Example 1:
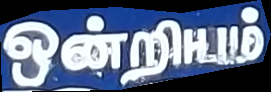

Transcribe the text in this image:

ஒன்றியம்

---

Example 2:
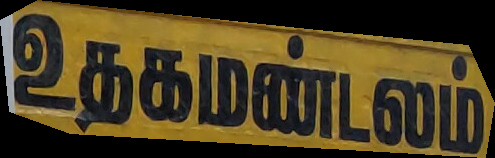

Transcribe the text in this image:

உதகமண்டலம்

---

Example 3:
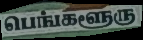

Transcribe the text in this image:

பெங்களூரு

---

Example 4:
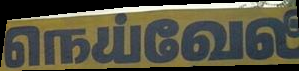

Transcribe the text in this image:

நெய்வேலி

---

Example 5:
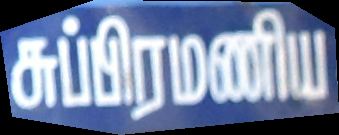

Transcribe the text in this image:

சுப்பிரமணிய